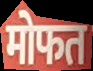
मोफत